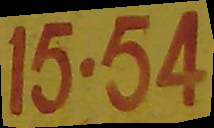
15-54